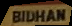
BIDHAN